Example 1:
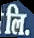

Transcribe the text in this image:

लि.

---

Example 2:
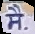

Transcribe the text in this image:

मै.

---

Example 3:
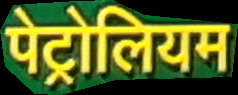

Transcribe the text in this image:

पेट्रोलियम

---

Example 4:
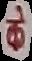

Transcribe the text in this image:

के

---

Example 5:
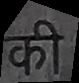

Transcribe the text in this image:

की